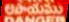
అపాయము